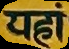
यहां